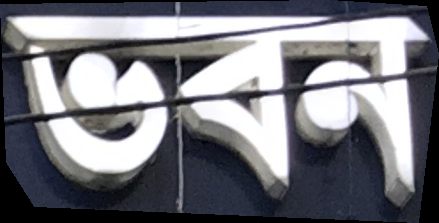
ভবন